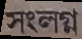
সংলগ্ন